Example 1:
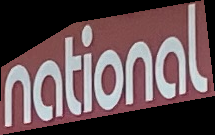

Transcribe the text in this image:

national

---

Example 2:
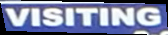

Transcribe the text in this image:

VISITING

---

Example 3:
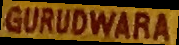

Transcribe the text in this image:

GURUDWARA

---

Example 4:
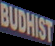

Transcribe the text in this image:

BUDHIST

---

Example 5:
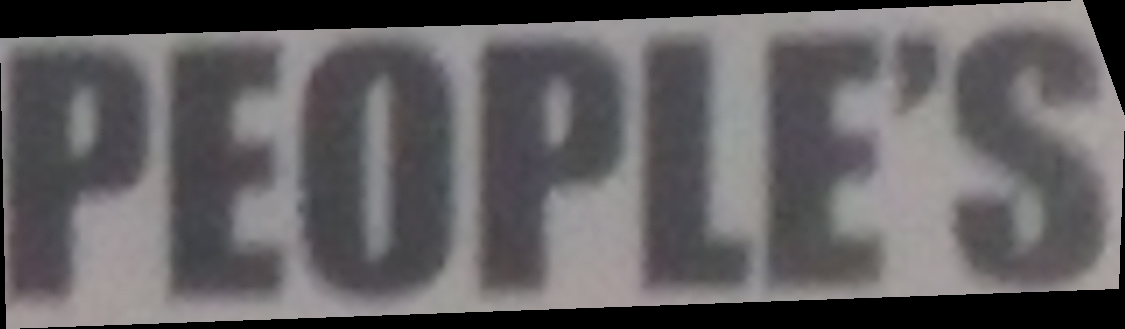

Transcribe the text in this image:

PEOPLE